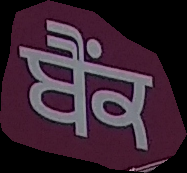
ਬੈਂਕ